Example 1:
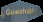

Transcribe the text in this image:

Guwahati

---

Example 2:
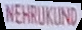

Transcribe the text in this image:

NEHRUKUND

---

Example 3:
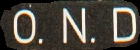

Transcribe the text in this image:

O.N.D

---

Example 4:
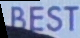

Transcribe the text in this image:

BEST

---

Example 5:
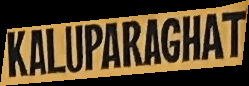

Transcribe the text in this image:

KALUPARAGHAT